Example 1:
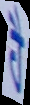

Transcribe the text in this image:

ਹੈ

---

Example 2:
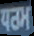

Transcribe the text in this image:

ਧਰਮ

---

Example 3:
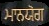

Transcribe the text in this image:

ਮਾਨਯੋਗ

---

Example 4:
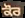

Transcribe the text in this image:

ਕੌਰ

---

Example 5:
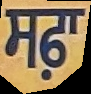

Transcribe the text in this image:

ਸਫ਼ਾ